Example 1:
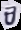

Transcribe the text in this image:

ਚ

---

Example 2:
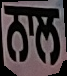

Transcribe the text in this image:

ਨਾਲ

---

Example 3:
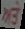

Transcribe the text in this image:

ਅਤੇ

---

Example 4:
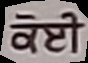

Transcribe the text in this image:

ਕੋਈ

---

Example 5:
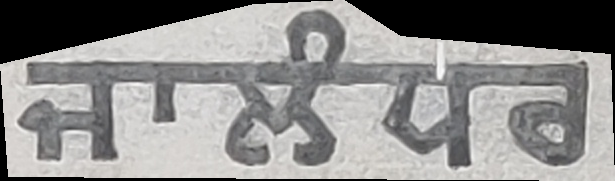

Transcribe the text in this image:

ਜਾਲੰਧਰ